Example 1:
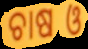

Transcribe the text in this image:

ଚାଷ ଓ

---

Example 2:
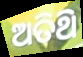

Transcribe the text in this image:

ଅତିଥି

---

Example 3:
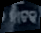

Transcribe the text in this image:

ନାଟକ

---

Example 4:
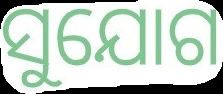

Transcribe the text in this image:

ସୁଯୋଗ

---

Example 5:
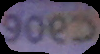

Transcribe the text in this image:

୨୦୧)